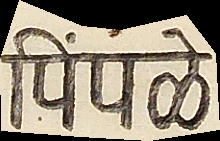
पिंपळे